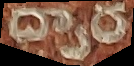
ద్వార